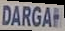
DARGAH